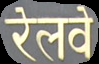
रेलवे